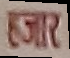
हजार